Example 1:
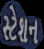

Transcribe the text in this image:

સ્ટેશન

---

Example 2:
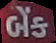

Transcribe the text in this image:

બેંક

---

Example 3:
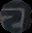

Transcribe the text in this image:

ટ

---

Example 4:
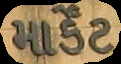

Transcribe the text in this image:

માર્કેટ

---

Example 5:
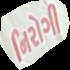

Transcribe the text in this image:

નિરોગી